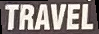
TRAVEL